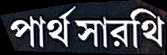
পার্থ সারথি